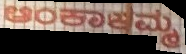
ಅಂತಾಳಮ್ಮ